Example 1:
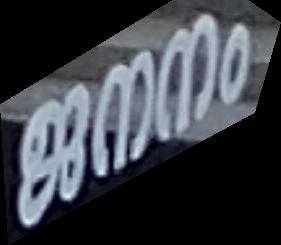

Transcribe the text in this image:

ജനനം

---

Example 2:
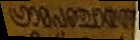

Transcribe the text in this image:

ഗ്രാമപഞ്ചായത്ത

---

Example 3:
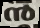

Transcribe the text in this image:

ൻ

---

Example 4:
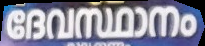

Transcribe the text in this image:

ദേവസ്ഥാനം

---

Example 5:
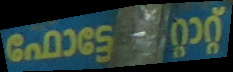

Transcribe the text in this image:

ഫോട്ടേറ്റാറ്റ്